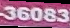
36083